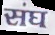
संघ